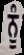
ਨੂੰ